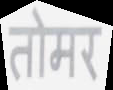
तोमर